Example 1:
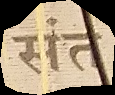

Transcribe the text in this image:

संत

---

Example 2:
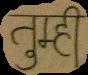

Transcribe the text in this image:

तुम्ही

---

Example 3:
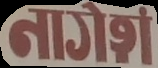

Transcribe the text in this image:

नागेशं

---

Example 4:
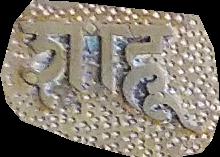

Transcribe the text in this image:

शाहू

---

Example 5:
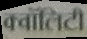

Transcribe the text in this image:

क्वॉलिटी